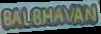
BALBHAVAN